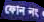
ফোন নং